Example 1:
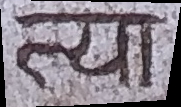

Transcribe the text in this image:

त्या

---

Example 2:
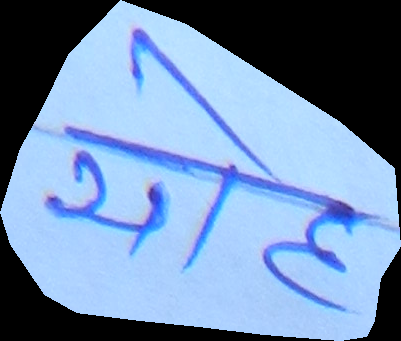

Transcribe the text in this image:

योह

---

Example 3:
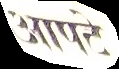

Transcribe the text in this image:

आपटे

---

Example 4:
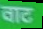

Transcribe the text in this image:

वाट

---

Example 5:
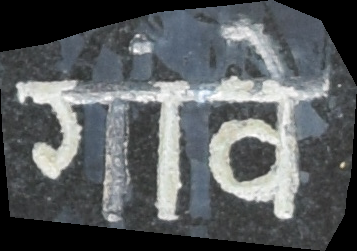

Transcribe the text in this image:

गांवे